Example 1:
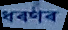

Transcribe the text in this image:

ধৰণৰ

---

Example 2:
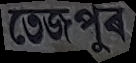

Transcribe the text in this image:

তেজপুৰ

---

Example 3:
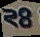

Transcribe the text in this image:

২৪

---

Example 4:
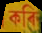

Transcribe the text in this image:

কৰি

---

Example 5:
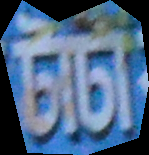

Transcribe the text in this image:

টাঢা